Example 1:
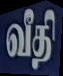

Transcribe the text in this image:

வீதி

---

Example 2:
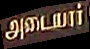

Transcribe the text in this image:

அடையாா்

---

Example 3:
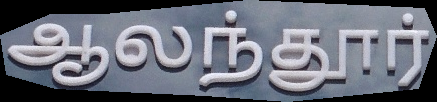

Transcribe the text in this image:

ஆலந்தூர்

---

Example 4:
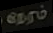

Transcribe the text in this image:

நேரம்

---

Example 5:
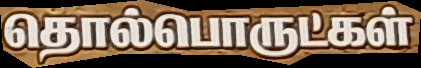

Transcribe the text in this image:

தொல்பொருட்கள்